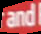
and